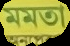
মমতা